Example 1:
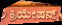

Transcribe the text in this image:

ಕ್ರಿಯೇಷನ್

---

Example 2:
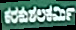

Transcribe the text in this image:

ಕರಕುಶಲಕರ್ಮಿ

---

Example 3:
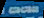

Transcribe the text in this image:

ಬಾಲಾಜಿ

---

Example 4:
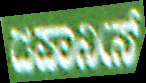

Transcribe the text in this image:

ಜಪಾನೀನ್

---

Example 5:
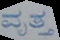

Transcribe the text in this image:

ವೃತ್ತ